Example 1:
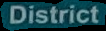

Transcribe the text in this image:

District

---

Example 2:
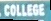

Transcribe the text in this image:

COLLEGE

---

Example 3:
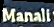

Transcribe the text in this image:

Manali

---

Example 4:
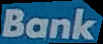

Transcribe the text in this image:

Bank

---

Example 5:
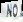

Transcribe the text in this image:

NO